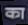
का